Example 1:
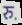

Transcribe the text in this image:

रु.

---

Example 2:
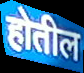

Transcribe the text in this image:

होतील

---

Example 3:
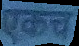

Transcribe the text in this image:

एकच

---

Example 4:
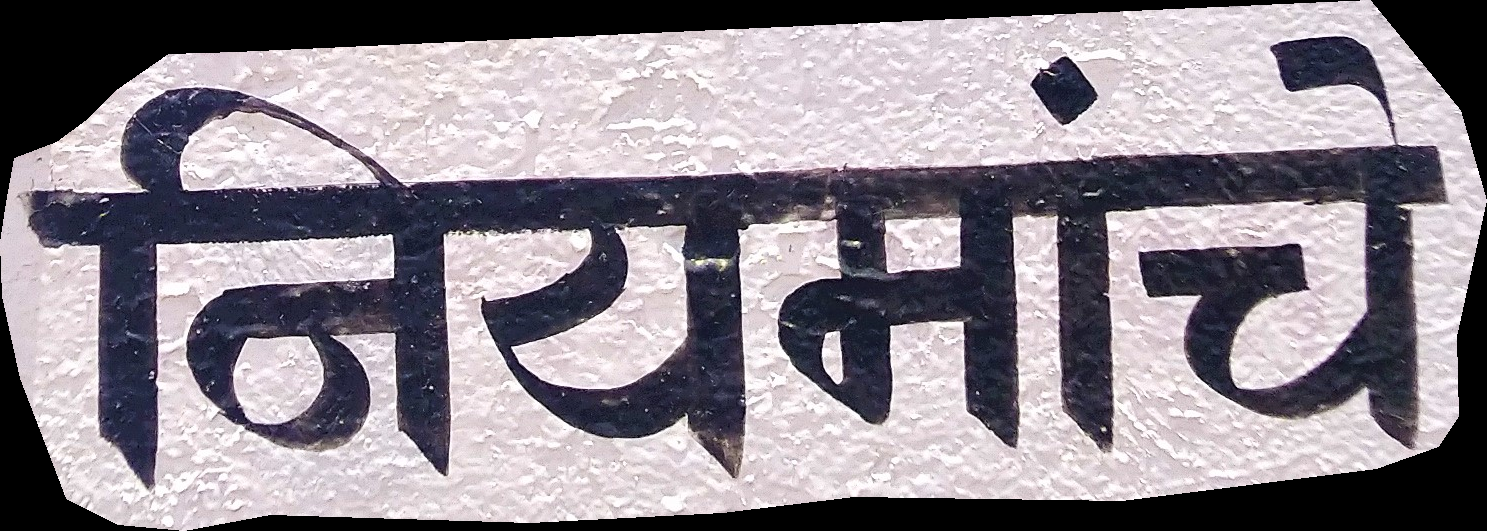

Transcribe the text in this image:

नियमांचे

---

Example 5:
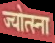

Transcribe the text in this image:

ज्योत्स्ना